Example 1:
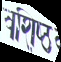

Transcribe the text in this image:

वशिष्ठ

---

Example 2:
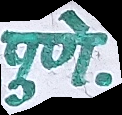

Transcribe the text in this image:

पुणे.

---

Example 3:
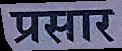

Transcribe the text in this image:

प्रसार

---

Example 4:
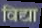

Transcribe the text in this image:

विद्या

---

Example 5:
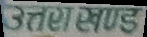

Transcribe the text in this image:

उत्तराखण्ड